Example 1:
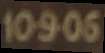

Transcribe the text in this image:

10.9.06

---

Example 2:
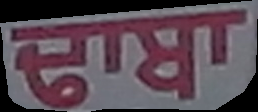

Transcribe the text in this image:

ਢਾਬਾ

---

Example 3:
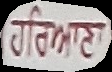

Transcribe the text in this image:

ਹਰਿਆਣਾ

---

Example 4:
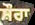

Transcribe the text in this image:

ਸ਼ੌਰਾ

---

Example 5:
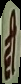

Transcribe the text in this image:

ਵੀ